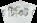
টিকিট